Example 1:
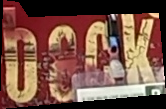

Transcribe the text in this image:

back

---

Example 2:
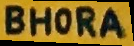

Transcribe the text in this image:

BHORA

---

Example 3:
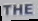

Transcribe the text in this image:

THE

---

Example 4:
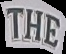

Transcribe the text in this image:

THE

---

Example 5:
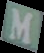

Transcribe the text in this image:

M